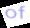
of